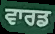
ਵਾਰਡ